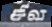
சீவ